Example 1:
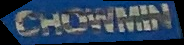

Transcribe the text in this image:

CHOWMIN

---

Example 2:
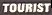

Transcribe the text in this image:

TOURIST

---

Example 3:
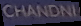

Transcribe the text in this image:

CHANDNI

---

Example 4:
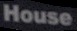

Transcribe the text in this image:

House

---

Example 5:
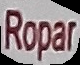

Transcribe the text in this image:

Ropar